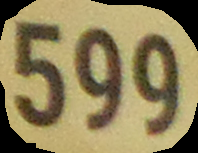
599